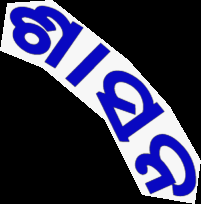
ଶାସନ